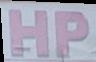
HP